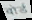
बोर्ड